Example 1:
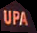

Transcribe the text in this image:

UPA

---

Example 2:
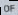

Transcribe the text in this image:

OF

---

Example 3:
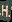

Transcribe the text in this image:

H.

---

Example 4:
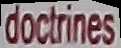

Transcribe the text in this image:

doctrines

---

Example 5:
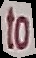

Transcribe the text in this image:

to